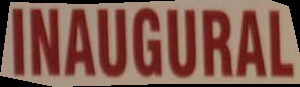
INAUGURAL